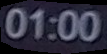
01:00